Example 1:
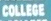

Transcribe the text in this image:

COLLEGE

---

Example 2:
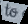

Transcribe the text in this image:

to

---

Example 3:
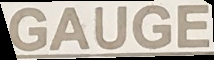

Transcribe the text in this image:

GAUGE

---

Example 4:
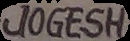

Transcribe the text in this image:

JOGESH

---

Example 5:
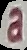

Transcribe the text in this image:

a